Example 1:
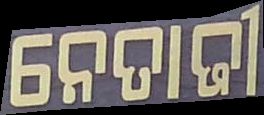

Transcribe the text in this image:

ନେତାଜୀ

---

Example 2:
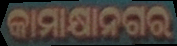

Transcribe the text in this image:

କାମାକ୍ଷାନଗର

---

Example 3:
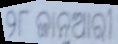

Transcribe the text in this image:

୨୮ ଜାନୁଆରୀ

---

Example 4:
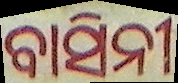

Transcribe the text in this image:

ବାସିନୀ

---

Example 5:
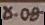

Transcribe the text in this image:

୪.୦୪